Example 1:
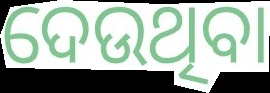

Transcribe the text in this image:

ଦେଉଥିବା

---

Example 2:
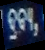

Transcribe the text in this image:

ଦ୍ରବ୍ୟ,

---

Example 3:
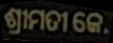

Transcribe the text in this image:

ଶ୍ରୀମତୀ କେ.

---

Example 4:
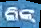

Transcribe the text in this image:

ଳିକ୍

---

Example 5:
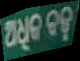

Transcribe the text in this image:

ଅଧୂକ ବଡ଼